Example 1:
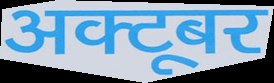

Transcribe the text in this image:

अक्टूबर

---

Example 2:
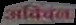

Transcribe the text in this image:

अविक्ज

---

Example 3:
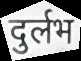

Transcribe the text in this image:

दुर्लभ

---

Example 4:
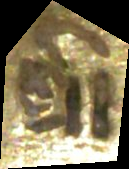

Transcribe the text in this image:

द्यी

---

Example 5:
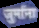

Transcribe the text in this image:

जुर्माना